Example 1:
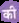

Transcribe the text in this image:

की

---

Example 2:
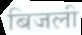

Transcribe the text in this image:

बिजली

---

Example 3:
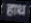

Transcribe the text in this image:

हाथ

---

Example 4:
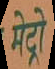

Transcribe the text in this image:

मेट्रो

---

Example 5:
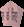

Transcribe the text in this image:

के लिए